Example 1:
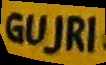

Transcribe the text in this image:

GUJRI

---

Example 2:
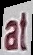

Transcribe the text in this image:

at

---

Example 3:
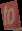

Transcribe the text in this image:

to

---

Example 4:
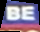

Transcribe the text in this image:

BE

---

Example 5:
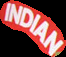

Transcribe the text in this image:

INDIAN